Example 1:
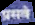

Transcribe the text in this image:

प्रसवे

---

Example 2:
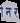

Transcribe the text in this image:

न र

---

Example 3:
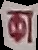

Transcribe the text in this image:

का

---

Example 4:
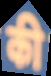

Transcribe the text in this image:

की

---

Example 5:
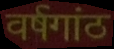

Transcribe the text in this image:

वर्षगांठ